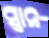
ପ୍ତାନ-